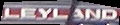
LEYLAND